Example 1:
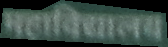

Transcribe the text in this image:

महाविद्यालय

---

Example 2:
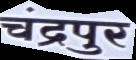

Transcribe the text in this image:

चंद्रपुर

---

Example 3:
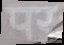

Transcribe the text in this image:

पर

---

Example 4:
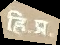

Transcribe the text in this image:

हि.प्र.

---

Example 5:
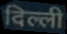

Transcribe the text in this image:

दिल्ली